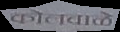
कोलवाळे